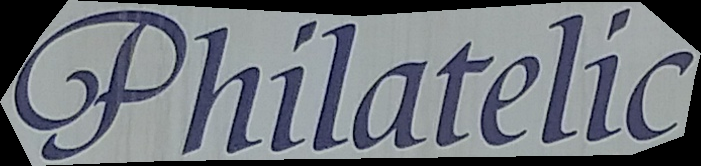
Philatelic